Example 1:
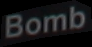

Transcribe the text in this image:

Bomb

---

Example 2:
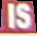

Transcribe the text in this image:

IS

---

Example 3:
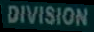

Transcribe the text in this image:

DIVISION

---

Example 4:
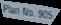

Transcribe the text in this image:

PlanNo.905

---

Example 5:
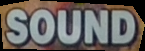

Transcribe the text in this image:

SOUND